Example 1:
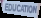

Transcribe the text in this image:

EDUCATION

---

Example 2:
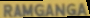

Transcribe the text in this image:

RAMGANGA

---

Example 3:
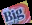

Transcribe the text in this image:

Big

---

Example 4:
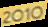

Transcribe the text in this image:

2010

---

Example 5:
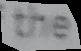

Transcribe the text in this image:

the